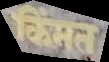
किंमत